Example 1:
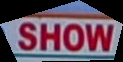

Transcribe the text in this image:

SHOW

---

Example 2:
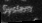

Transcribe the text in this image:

System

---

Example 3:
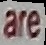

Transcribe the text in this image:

are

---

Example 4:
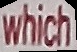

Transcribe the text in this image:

which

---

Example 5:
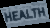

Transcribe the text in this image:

HEALTH